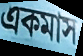
একমাস